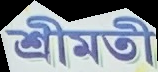
শ্রীমতী